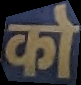
को